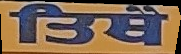
ਤਿਥੈ